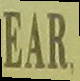
EAR,